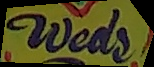
Weds